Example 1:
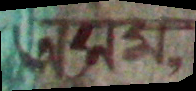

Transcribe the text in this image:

অসম,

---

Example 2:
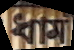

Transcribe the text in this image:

ধাম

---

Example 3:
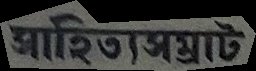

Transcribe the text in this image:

সাহিত্যসম্রাট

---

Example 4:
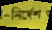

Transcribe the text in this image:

নির্দেশ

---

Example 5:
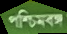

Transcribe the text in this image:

পশ্চিমবঙ্গ